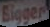
Bigger